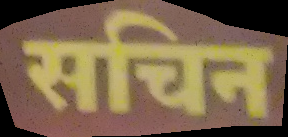
सचिन